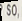
SO,